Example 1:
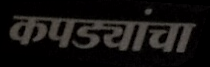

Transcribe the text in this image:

कपड्यांचा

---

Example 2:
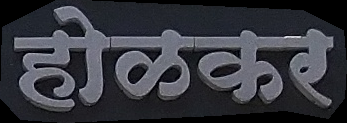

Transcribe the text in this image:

होळकर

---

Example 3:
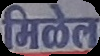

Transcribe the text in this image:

मिळेल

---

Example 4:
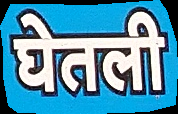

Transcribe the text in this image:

घेतली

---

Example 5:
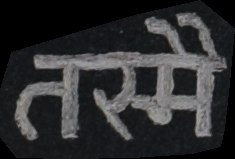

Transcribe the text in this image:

तस्मै